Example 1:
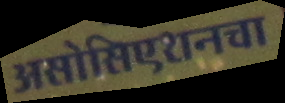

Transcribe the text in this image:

असोसिएशनचा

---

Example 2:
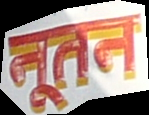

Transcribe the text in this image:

नूतन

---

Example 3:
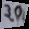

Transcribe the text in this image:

३०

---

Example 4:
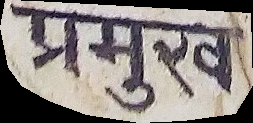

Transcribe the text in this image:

प्रमुख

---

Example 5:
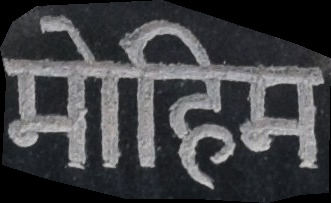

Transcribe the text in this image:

मोहिमळ